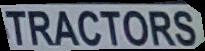
TRACTORS